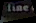
fine